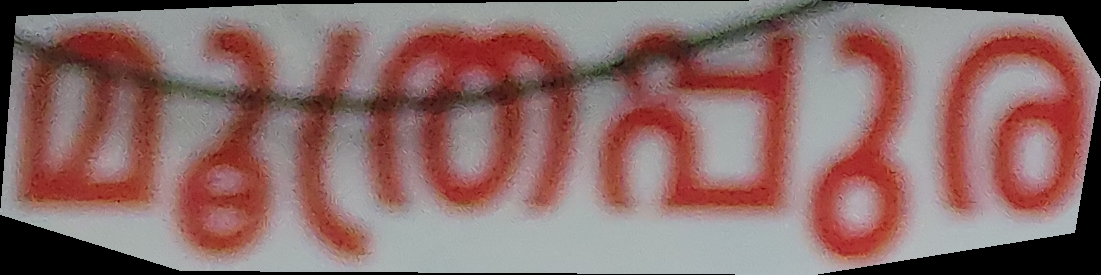
മൂത്രപ്പുര